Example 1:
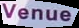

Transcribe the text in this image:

Venue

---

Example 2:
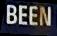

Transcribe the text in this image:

BEEN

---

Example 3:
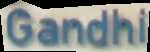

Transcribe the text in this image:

Gandhi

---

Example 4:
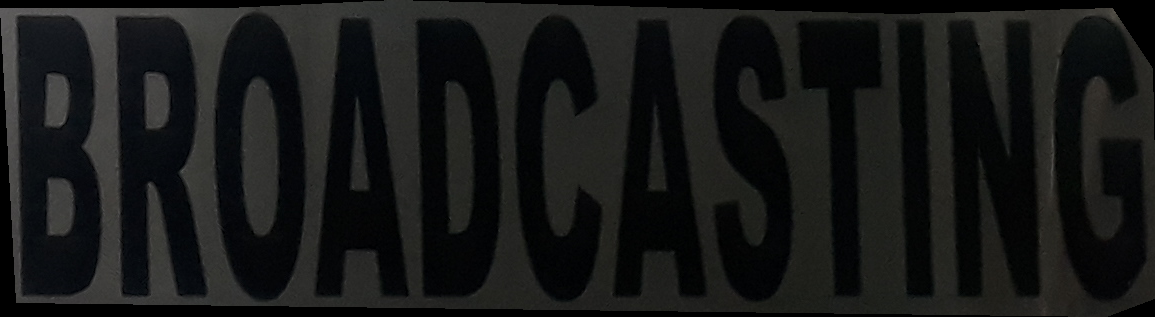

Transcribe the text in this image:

BROADCASTING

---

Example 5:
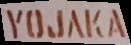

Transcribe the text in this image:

YOJAKA